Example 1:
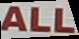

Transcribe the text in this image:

ALL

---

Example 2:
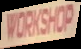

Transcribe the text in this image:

WORKSHOP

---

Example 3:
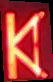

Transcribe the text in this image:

K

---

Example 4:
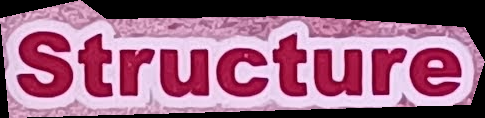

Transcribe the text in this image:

Structure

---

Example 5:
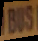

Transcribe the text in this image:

BUS